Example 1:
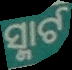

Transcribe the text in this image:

ସ୍ମାର୍ଟ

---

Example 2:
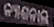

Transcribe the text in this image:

ନ୍ୟାସନାଲ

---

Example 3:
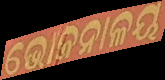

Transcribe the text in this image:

ଭୋକନାଳୟ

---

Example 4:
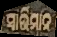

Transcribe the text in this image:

ସାଭିମାନ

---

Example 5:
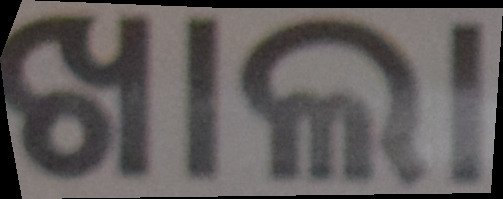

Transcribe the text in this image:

ଖାଲା